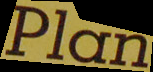
Plan